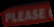
PLEASE